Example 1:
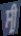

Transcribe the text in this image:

ਸ੍ਰੀ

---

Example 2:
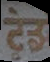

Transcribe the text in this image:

ਟੇਡ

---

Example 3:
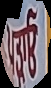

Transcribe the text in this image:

ਪੜਾਓ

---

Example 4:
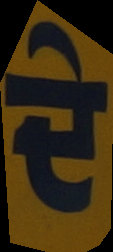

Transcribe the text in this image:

ਦੇ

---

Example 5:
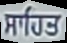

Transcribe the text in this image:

ਸਾਹਿਤ